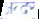
अन्दर